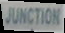
JUNCTION